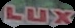
LUX